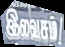
இவைசம்!